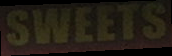
SWEETS